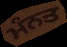
ਮੰਨਤ